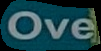
Ove